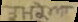
ਤਮਕੇਆ